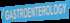
GASTROENTEROLOGY